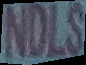
NDLS